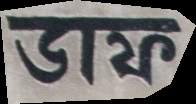
ভাফ